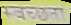
स्वच्छता